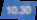
10.30